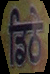
ਡਿਠੇ